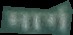
मार्ग